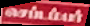
செப்டம்பர்